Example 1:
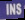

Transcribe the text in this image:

INS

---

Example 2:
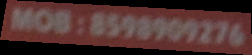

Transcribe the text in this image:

MOB:8598909276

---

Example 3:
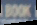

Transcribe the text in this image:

BOOK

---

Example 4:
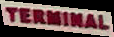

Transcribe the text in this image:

TERMINAL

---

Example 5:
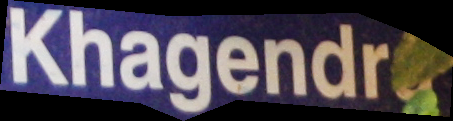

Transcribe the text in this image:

Khagendr